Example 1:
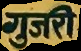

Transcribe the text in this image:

गुजरी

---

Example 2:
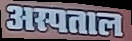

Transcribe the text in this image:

अस्पताल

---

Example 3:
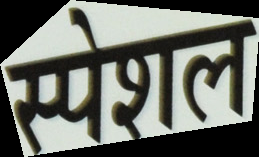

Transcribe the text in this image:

स्पेशल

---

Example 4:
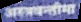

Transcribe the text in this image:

अस्त्रवन्तीमा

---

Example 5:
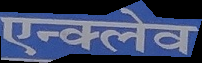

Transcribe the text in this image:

एन्क्लेव